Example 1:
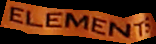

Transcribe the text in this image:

ELEMENTS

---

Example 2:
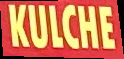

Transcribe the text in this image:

KULCHE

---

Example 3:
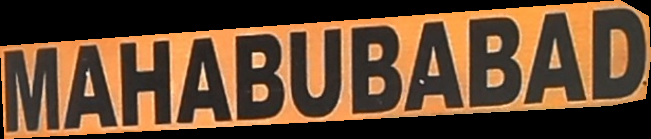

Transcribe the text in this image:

MAHABUBABAD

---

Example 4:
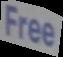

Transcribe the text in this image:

Free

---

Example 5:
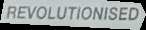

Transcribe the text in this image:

REVOLUTIONISED